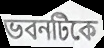
ভবনটিকে